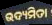
ଉଦ୍ୟମିତା